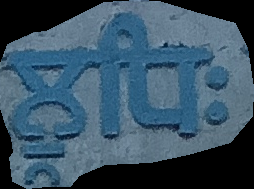
ਲੁਧਿ: